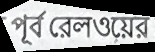
পূর্ব রেলওয়ের